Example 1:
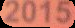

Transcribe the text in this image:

2015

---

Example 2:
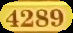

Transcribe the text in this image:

4289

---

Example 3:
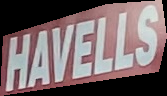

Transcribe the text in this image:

HAVELLS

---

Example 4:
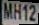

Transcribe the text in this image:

MH12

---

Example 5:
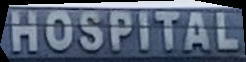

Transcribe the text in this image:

HOSPITAL